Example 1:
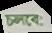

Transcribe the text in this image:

চলবে:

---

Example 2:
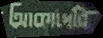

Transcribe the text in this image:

আকাদেরি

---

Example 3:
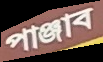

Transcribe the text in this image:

পাঞ্জার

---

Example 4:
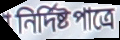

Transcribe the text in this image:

নির্দিষ্ট পাত্রে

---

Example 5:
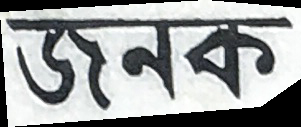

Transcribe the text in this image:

জনক